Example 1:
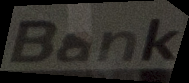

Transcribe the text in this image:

Bank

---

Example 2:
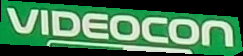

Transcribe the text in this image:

VIDEOCON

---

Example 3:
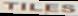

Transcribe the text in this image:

TILES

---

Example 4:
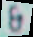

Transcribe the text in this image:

&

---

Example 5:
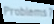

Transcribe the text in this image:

Problems?